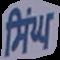
ਸਿਂਘ